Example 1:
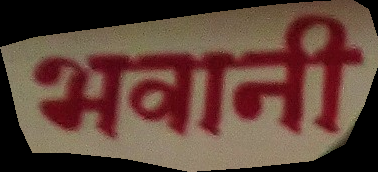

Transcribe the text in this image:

भवानी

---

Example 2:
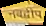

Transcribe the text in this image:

नबद्वीप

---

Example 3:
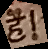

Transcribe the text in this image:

है!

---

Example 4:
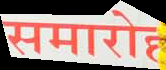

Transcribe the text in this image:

समारोह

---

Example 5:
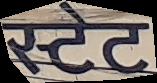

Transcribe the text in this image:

स्टेट